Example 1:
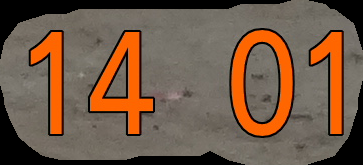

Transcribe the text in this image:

1401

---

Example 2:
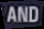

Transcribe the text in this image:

AND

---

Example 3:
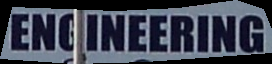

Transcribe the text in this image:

ENGINEERING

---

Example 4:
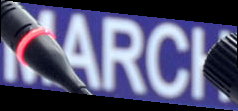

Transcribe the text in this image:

MARCH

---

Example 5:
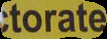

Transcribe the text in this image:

ctorate